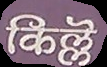
किल्लॆ